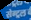
सेन्ट्रल